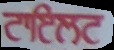
ਟਾਇਲਟ